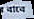
বাবে